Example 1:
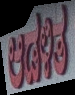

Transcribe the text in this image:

ಆಡಳಿತ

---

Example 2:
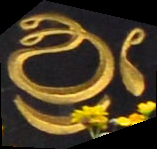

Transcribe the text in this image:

ಶ್ರೀ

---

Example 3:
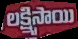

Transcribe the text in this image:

ಲಕ್ಷ್ಮಿನಾಯ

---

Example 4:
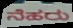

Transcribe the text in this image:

ನೆಹರು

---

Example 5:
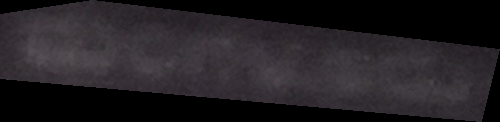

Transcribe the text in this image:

ಮಂಗಳೂರು